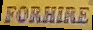
FORHIRE